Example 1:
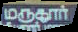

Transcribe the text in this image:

மருதூா்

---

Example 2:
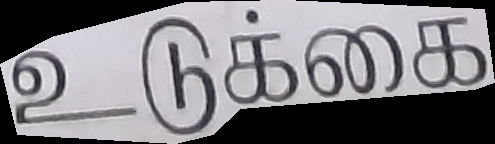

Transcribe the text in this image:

உடுக்கை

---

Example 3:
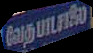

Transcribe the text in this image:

வேதபாடாாசில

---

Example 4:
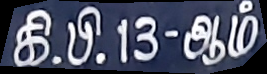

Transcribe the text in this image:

கி.பி.13-ஆம்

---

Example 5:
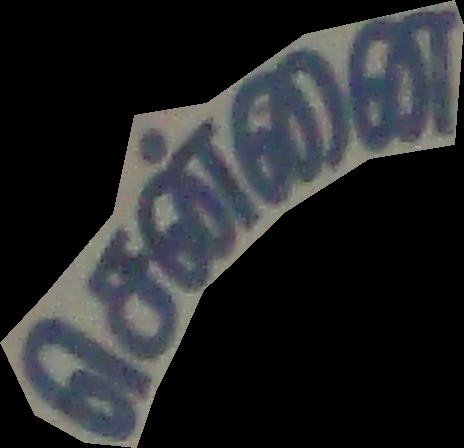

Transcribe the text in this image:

சென்னை